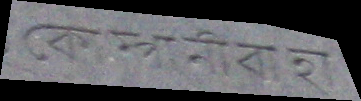
কোম্পানীরা হা